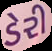
ડેરી